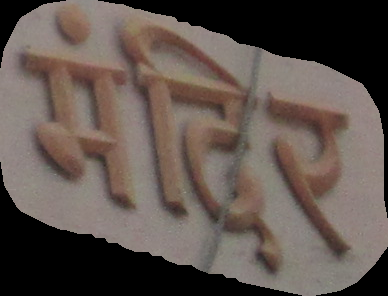
मंदिर